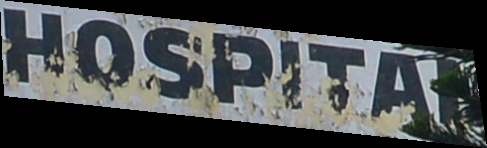
HOSPITAL